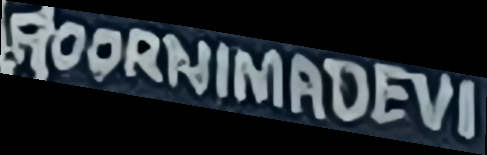
POORNIMA DEVI